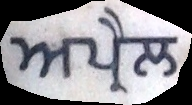
ਅਪ੍ਰੈਲ